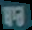
ਬਾਰ